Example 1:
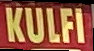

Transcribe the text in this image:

KULFI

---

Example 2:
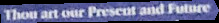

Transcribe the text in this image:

Thou art our Present and Future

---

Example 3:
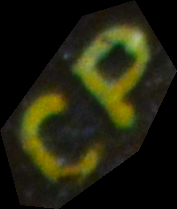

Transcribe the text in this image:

CP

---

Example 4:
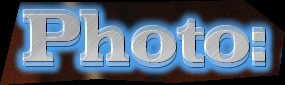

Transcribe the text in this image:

Photo:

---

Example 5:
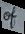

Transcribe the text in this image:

of